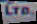
LTD.